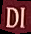
DI